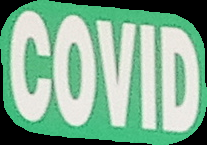
COVID